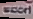
scorl